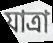
যাত্রা